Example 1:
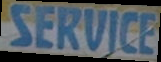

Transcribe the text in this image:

SERVICE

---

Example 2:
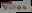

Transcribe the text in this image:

Villas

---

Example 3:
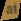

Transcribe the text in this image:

at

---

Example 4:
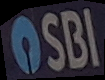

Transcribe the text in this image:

SBI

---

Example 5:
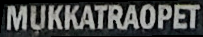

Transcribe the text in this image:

MUKKATRAOPET